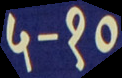
५-१०